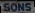
SONS